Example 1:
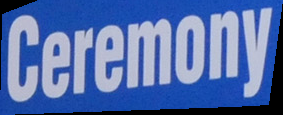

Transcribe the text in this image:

Ceremony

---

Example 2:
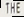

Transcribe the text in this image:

THE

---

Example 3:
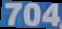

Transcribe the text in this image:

704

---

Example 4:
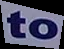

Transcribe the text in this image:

to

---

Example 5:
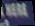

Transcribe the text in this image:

HERE